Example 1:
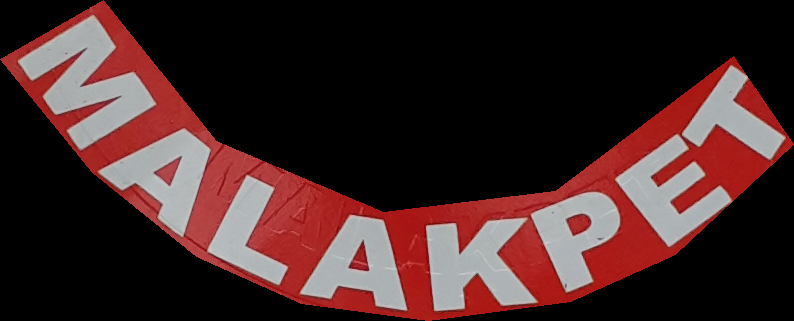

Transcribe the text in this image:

MALAKPET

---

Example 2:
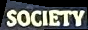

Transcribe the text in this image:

SOCIETY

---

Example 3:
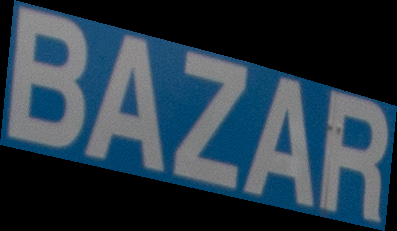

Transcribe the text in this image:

BAZAR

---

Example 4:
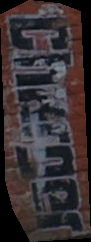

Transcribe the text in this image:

Charger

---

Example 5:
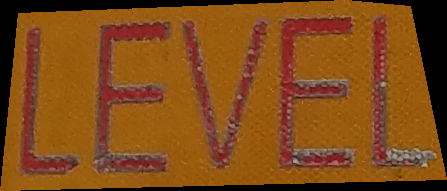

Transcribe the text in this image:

LEVEL